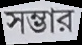
সম্ভার